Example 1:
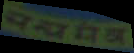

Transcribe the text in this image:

सत्यमेव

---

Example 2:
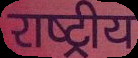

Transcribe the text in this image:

राष्ट्रीय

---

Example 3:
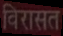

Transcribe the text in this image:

वि‍रासत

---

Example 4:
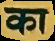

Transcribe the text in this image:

का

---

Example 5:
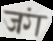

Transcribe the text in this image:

जंग